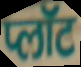
प्लॉट